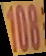
108